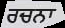
ਰਚਨਾ